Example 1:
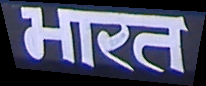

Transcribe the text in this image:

भारत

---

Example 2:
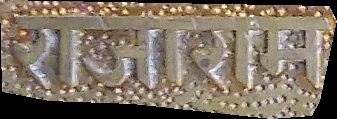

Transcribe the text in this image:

राजाराम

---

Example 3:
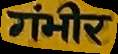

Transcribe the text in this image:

गंभीर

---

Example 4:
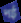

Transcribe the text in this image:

नई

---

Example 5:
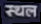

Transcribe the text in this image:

स्थल